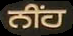
ਨੀਂਹ